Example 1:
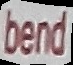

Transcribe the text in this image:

bend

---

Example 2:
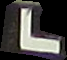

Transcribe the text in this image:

L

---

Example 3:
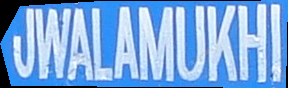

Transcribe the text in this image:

JWALAMUKHI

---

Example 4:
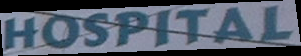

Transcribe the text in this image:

HOSPITAL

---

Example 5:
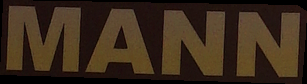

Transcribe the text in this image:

MANN